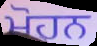
ਮੋਹਨ